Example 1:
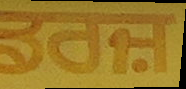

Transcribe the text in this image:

ਡਰਜ਼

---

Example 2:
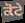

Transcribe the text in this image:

ਕੋਟੇ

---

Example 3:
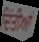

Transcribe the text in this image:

ਦਿਤੀਆਂ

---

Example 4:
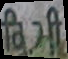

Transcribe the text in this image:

ਕਿ.ਮੀ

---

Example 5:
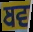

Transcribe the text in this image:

ਬਵ